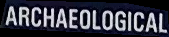
ARCHAEOLOGICAL